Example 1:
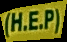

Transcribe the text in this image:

(H.E.P)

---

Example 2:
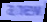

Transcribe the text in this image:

a new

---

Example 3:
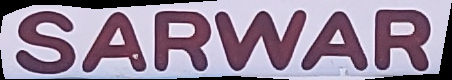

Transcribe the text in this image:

SARWAR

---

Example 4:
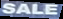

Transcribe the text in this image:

SALE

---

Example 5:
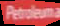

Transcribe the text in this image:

Petroleuma